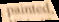
painted,